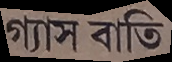
গ্যাস বাতি